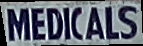
MEDICALS